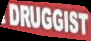
DRUGGIST